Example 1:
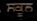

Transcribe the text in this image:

ਸਕੂਲ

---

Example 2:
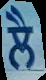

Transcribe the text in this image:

ਲੈ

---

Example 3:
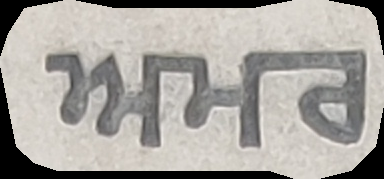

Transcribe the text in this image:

ਅਮਰ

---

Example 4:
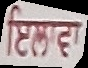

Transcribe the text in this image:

ਇਲਾਵ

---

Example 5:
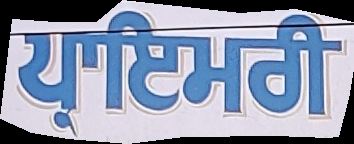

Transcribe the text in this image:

ਪ੍ਰਾਇਮਰ